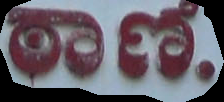
ಠಾಣೆ